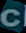
C